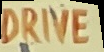
DRIVE